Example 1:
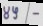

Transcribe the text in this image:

४५ /-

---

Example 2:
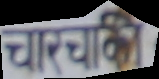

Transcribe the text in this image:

चारचाकी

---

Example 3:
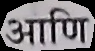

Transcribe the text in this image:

आणि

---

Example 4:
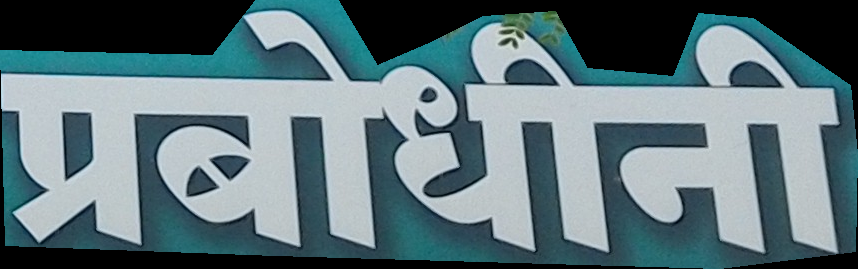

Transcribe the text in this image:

प्रबोधीनी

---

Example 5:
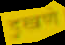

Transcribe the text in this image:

दुखणे